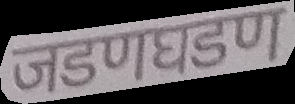
जडणघडण